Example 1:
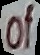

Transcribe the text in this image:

of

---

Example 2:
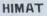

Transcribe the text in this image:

HIMAT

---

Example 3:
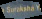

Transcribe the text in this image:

Suraksha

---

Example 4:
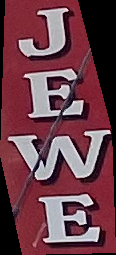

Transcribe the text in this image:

JEWE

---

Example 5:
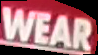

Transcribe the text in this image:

WEAR